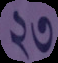
২৩